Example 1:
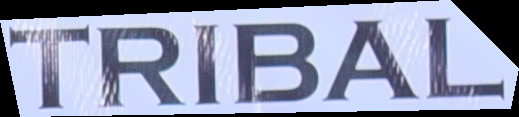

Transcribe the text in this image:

TRIBAL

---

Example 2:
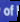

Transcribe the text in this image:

of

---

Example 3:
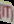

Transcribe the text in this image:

(IT)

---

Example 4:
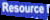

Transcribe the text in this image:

Resource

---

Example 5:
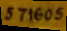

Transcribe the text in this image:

571605